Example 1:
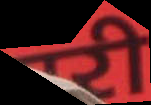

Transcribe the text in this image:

री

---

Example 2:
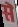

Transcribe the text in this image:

से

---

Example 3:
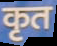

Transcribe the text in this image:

कृत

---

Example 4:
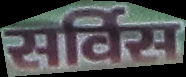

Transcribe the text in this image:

सर्विस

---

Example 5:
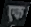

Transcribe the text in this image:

एक